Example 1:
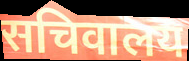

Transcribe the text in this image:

सचिवालय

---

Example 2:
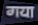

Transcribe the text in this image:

गया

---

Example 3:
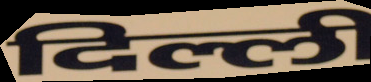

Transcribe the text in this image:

दिल्ली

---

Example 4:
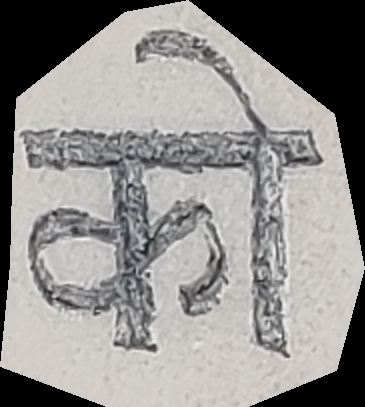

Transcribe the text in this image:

को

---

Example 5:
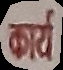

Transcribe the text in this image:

कार्य